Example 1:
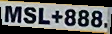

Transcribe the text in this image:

MSL+888.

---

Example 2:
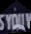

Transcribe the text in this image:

S YOU W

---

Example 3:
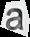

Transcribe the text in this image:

a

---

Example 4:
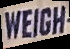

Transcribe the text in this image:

WEIGH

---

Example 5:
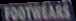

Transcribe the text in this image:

FOOTWEARS